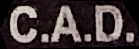
C.A.D.